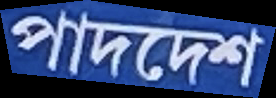
পাদদেশ